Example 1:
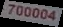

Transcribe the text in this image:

700004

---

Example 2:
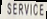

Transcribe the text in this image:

SERVICE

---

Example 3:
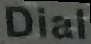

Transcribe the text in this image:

Dial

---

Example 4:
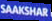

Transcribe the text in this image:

SAAKSHAR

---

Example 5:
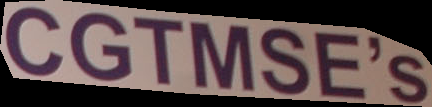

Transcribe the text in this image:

CGTMSE